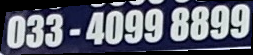
033-40998899